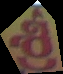
శ్ర